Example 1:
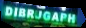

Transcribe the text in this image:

DIBRUGARH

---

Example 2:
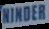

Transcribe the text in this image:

NINDER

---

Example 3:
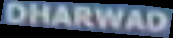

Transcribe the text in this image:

DHARWAD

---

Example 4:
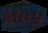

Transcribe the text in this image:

May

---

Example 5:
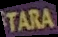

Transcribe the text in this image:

TARA